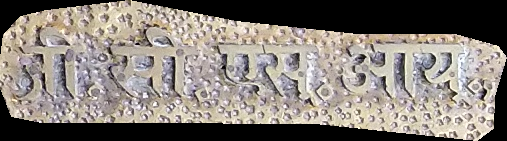
जी.सी.एस.आय्.